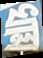
ধাম